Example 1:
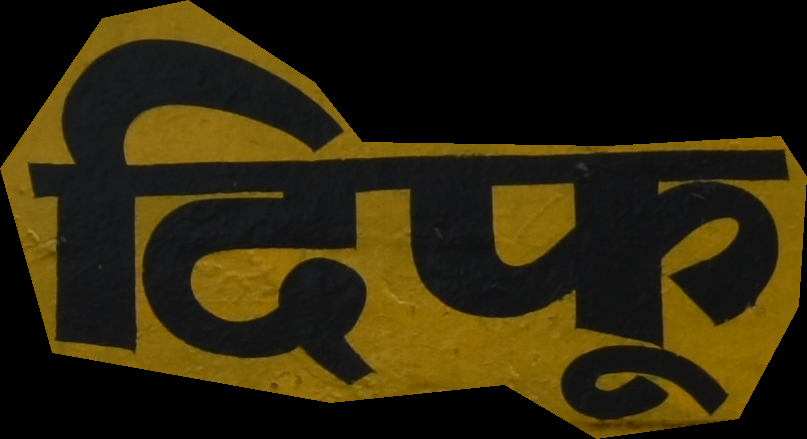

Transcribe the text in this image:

दिफू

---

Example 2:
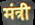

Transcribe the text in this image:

मंत्री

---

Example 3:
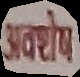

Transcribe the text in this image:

अवशेष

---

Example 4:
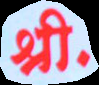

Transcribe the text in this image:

श्री.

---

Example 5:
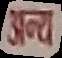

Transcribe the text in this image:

अन्य